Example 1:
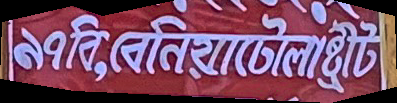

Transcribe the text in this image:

৯৭ বি, বেনিয়াটোলা স্ট্রীট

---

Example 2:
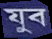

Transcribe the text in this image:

যুব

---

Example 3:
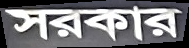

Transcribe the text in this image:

সরকার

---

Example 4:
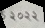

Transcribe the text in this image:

২০২২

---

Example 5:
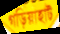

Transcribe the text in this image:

গড়িয়াহাট